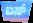
ಬಸ್